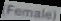
(Female)